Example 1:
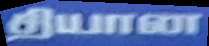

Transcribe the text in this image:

தியான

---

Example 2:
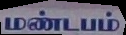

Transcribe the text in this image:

மண்டபம்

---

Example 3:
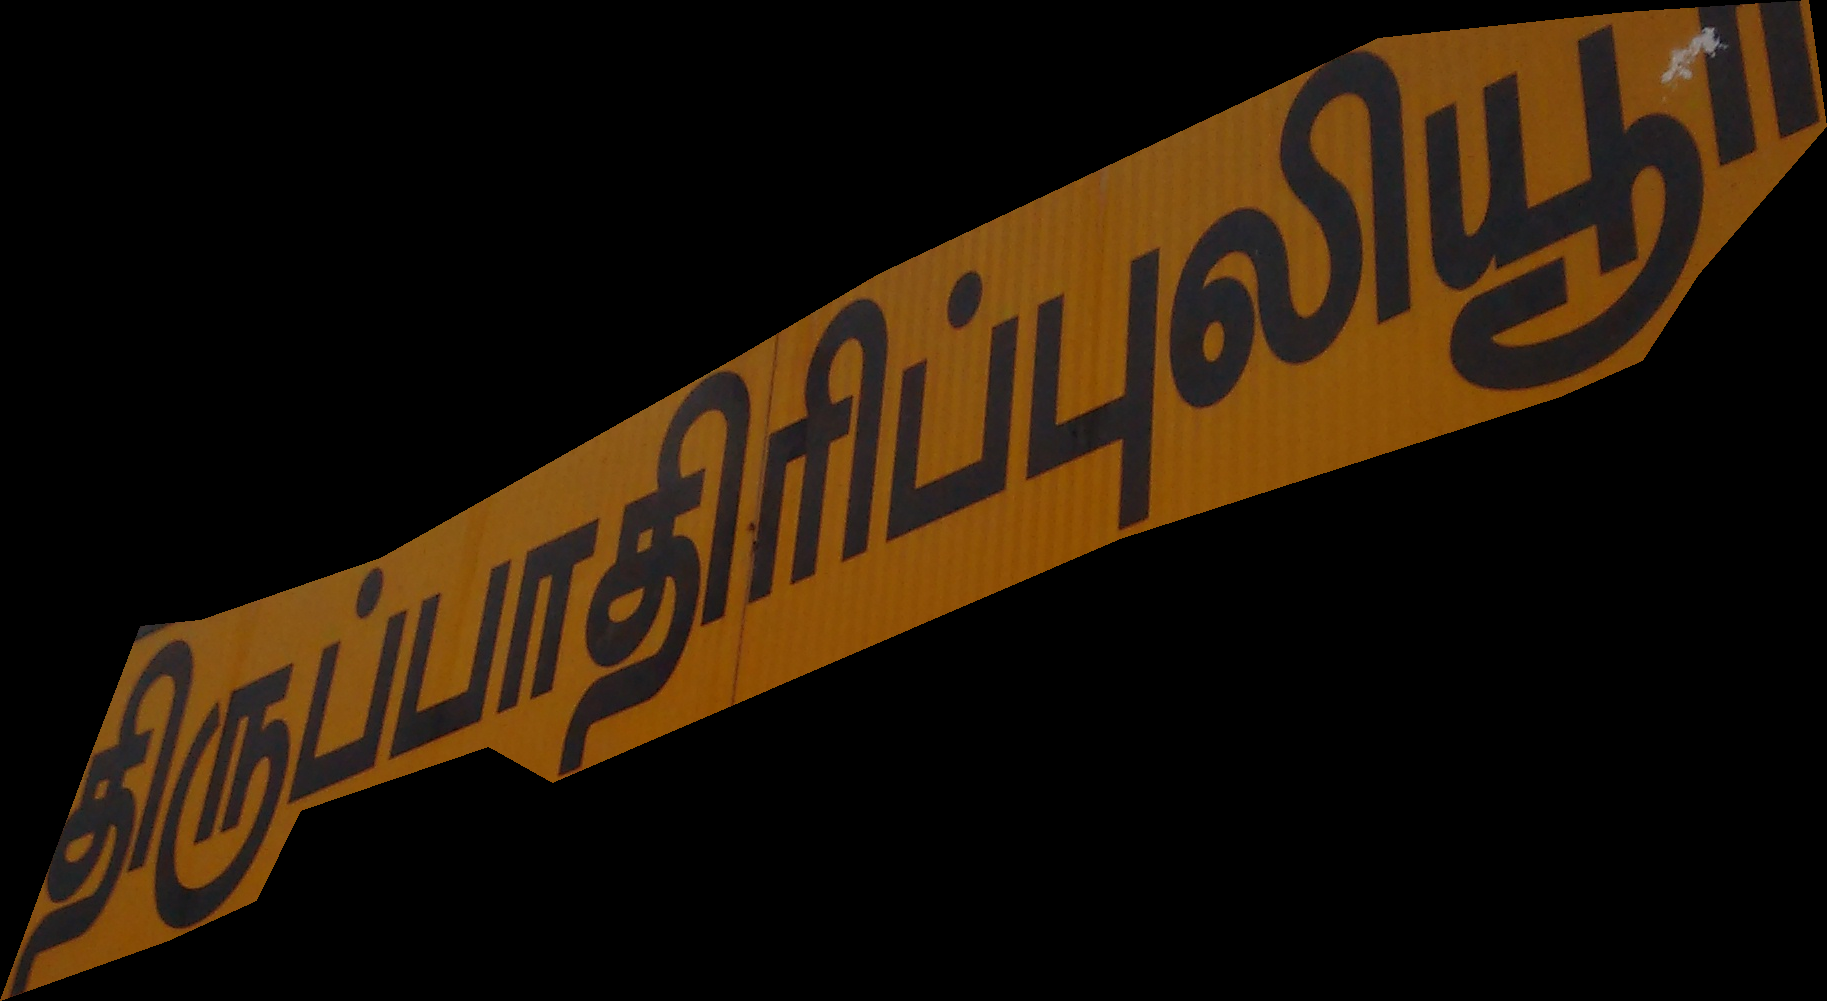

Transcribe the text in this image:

திருப்பாதிரிப்புலியூர்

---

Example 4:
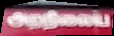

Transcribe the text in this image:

அறநிலைய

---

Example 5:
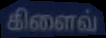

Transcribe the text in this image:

கிளளவ்